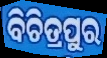
ବିଚିତ୍ରପୁର